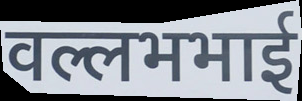
वल्लभभाई